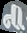
ની